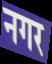
नगर